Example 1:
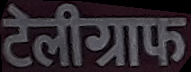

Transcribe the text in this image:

टेलीग्राफ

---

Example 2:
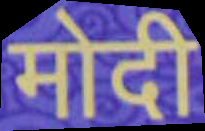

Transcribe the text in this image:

मोदी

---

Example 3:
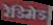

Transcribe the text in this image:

रेडिमेड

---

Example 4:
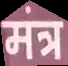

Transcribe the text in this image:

मंत्र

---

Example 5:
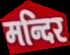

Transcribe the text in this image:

मन्दिर